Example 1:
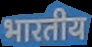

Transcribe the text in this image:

भारतीय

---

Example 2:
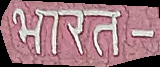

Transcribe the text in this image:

भारत-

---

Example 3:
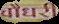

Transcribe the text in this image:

चौधरी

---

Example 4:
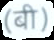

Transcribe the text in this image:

(बी)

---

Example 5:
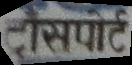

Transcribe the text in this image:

ट्रौसपोर्ट